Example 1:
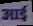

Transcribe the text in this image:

आई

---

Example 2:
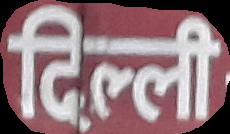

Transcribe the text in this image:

दिल्ली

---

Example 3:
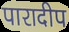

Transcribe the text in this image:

पारादीप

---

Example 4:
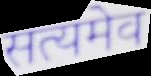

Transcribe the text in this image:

सत्यमेव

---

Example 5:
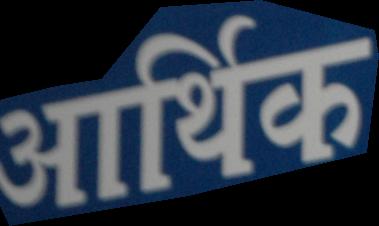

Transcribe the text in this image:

आर्थिक